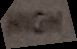
HIGH